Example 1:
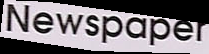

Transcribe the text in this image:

Newspaper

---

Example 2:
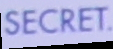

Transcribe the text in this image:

SECRET.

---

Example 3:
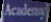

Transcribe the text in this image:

Academy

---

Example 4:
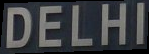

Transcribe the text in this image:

DELHI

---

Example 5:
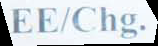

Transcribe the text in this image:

EE/Chg.